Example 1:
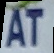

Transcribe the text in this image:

AT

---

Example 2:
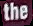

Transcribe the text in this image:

the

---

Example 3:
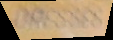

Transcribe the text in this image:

DRESSES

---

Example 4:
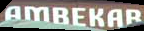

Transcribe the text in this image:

AMBEKAR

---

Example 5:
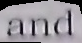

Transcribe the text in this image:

and